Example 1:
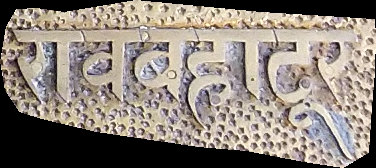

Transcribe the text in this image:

रावबहादूर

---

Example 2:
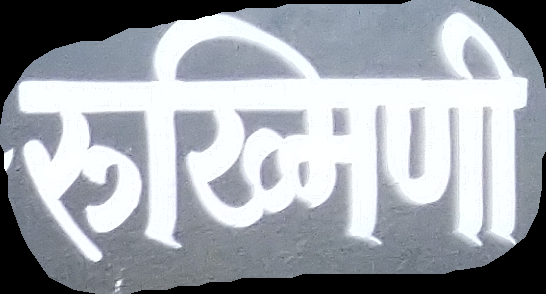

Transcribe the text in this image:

रुख्मिणी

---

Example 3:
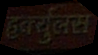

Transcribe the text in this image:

हर्क्युलस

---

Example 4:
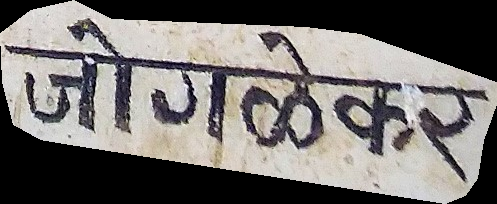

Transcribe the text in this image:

जोगळेकर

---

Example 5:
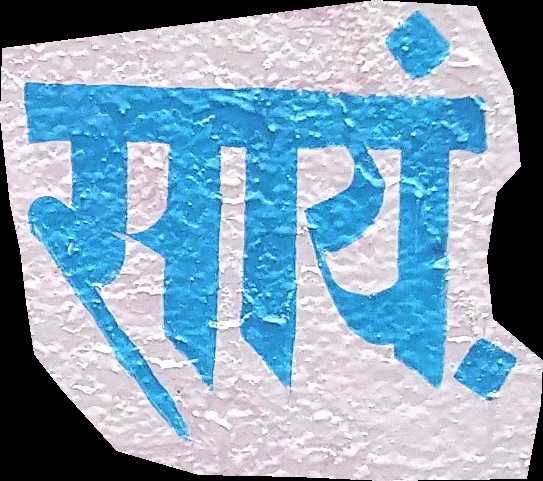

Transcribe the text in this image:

सायं.